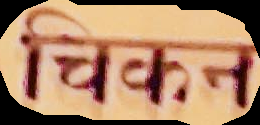
चिकन